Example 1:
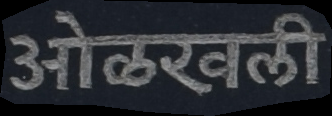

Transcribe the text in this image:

ओळखली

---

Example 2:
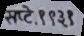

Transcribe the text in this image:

सप्टे.१९३१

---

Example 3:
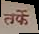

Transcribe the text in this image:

तर्फे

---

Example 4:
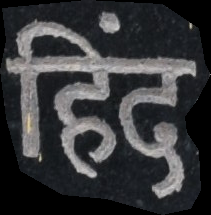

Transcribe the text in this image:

हिंद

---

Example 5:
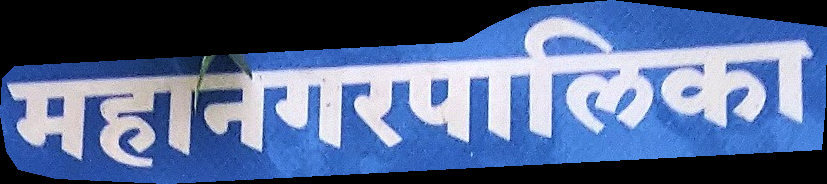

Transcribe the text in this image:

महानगरपालिका